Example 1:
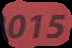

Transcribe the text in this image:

015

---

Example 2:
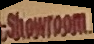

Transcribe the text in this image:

Showroom.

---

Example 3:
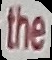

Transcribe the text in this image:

the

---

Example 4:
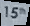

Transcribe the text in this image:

15th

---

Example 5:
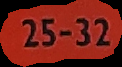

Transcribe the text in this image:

25-32